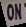
ON